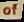
of